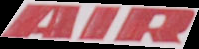
AIR